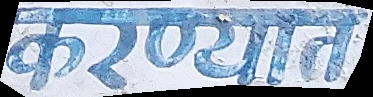
करण्यात